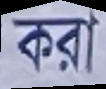
করা